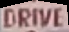
DRIVE